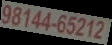
98144-65212